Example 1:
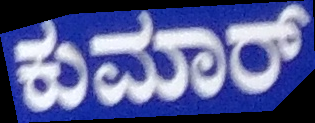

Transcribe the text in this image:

ಕುಮಾರ್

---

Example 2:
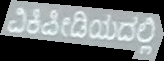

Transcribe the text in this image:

ವಿಕಿಪೀಡಿಯದಲ್ಲಿ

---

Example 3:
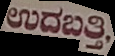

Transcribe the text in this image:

ಉದಬತ್ತಿ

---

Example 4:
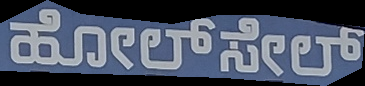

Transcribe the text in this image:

ಹೋಲ್‌ಸೇಲ್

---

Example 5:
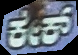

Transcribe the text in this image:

ಕೇಕ್